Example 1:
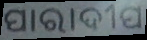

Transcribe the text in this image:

ପାରାଦୀପ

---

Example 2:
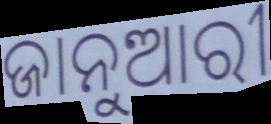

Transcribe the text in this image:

ଜାନୁଆରୀ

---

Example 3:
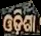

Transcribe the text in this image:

ଓଡ଼ିଶା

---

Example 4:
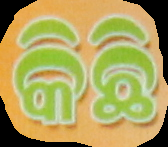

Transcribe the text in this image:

କିଛି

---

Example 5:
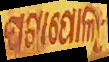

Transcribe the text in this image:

ପଟାପୋଲ